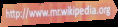
http://www.mr.wikipedia.org